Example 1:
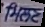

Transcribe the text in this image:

ਮਿਲਣ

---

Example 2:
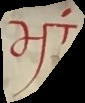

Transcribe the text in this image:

ਮਾਂ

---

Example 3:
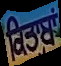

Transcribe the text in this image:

ਕਿਤਾਬਾਂ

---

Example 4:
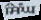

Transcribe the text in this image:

ਸਿੰਘ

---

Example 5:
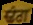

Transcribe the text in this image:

ਢੰਗ